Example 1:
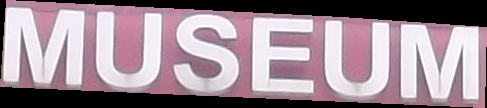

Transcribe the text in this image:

MUSEUM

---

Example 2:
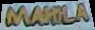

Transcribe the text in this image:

MAHILA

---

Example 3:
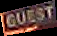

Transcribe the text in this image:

GUEST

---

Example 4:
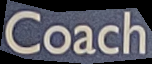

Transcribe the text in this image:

Coach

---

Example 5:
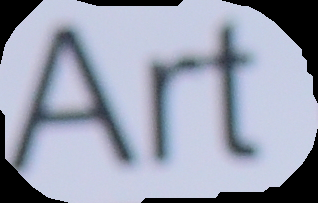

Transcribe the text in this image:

Art